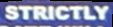
STRICTLY